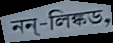
নন্-লিঙ্কড,